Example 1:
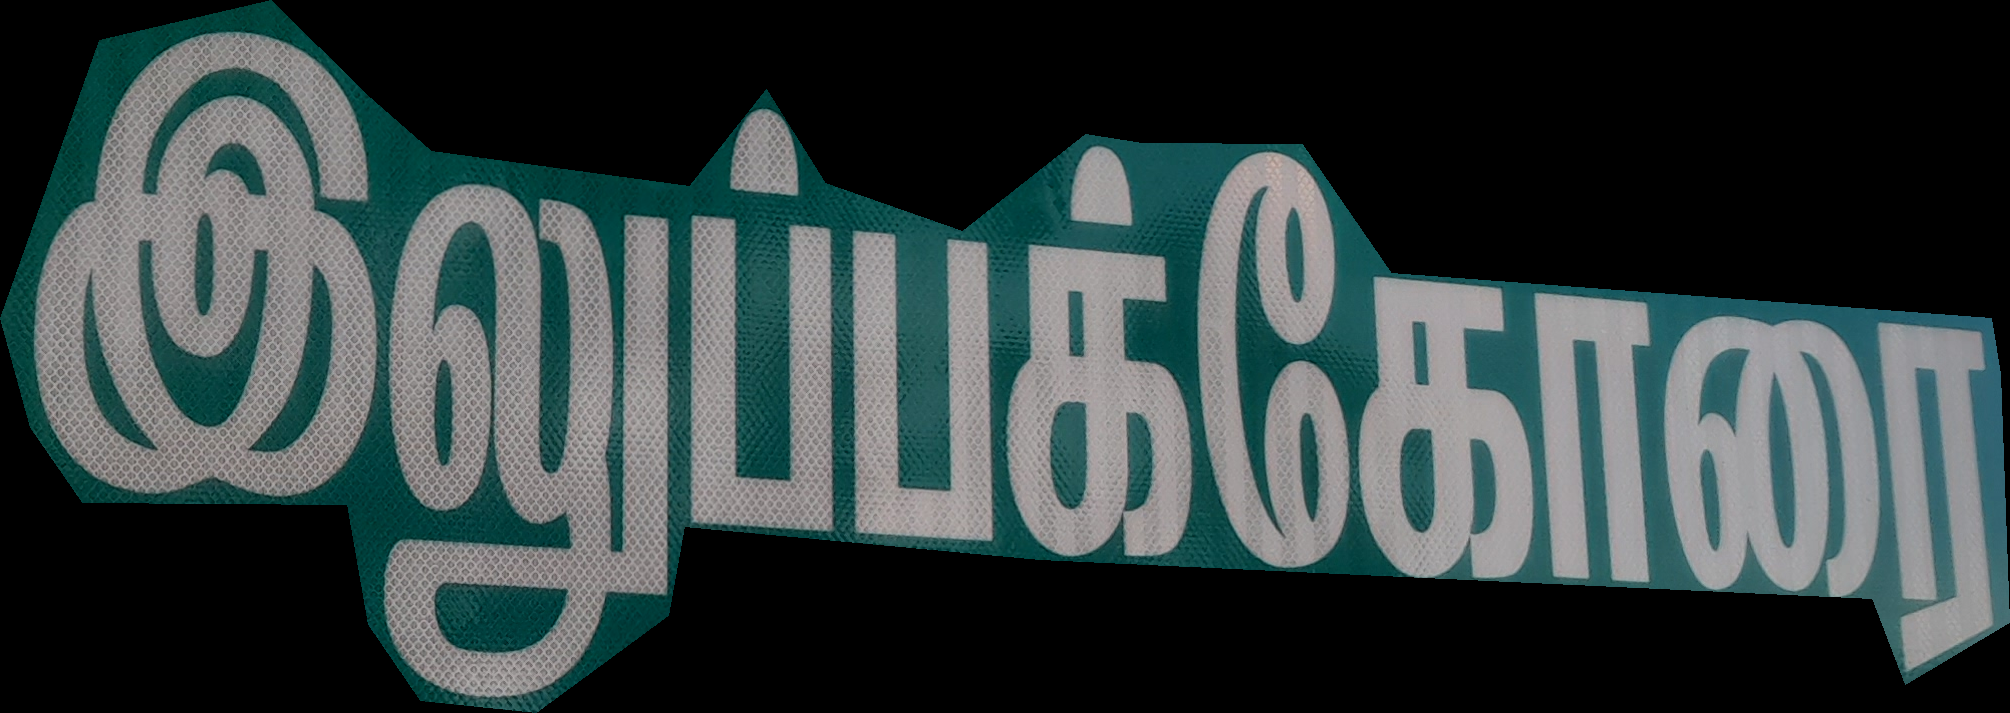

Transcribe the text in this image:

இலுப்பக்கோலர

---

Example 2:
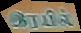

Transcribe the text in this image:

இரயில்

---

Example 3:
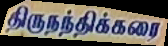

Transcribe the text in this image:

திருநந்திக்கரை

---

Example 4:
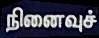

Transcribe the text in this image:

நினைவச்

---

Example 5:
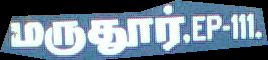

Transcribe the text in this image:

மருதூர்,EP-111.